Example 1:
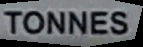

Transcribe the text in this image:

TONNES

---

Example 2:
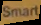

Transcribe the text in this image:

Smart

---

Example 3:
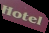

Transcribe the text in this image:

Hotel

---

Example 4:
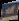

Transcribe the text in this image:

of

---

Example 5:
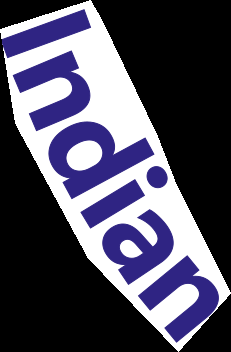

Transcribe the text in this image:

Indian